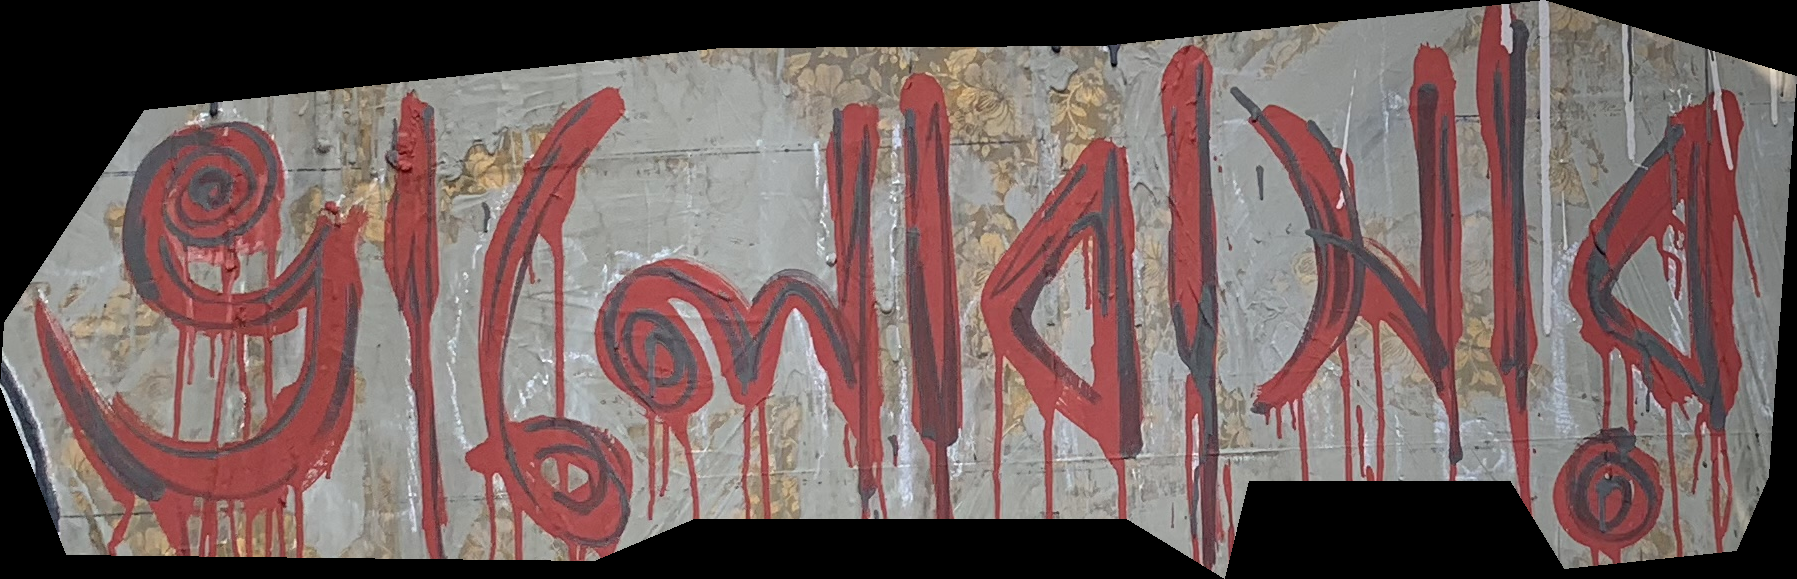
ভালোবাসার